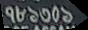
৭৮১৩০৯